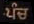
ਪੰਚ